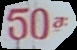
50